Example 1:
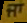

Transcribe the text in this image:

ਜਾ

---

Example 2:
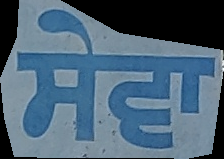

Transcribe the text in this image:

ਸੇਵਾ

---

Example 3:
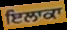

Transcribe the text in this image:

ਇਲਾਕਾ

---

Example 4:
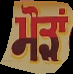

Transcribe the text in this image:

ਮੌੜਾਂ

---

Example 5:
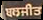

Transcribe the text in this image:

ਬਲਜੀਤ